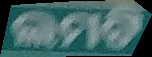
ଲାମତି